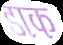
डाक